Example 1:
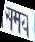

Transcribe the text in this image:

समय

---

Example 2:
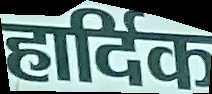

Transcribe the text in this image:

हार्दिक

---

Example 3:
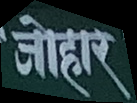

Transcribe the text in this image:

जोहार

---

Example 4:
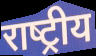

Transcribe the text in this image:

राष्ट्रीय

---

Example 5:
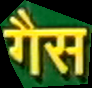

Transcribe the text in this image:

गैस